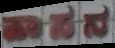
ಪಾಸನ